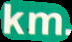
km.